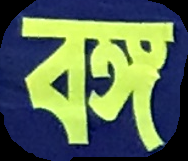
বঙ্গ